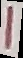
I